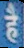
हैं